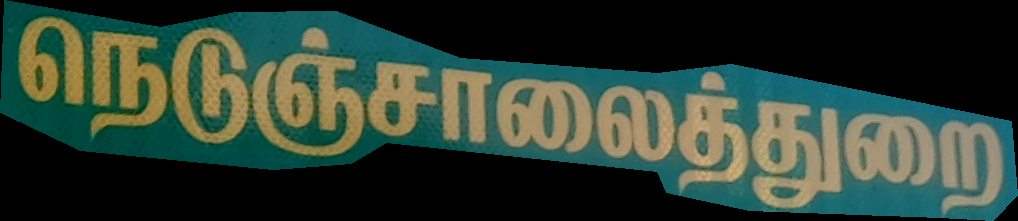
நெடுஞ்சாலைத்துறை